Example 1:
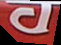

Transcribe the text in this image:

ਹ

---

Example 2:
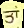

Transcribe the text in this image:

ਤਾਂ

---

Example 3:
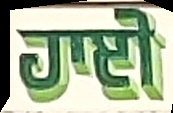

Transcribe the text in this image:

ਹਾਈ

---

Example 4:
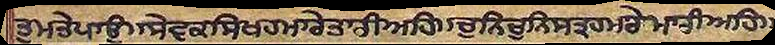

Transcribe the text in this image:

ਤੁਮਤੇਪਾਉ॥ਸੇਵਕਸਿਖਹਮਾਰੇਤਾਰੀਅਹਿ॥ਚੁਨਿਚੁਨਿਸਙਹਮਰੇਮਾਰੀਅਹਿ॥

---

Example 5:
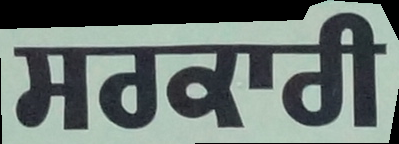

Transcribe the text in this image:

ਸਰਕਾਰੀ